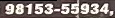
98153-55934,